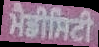
ਮੈਡੀਸਿਟੀ